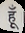
हूँ